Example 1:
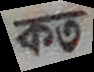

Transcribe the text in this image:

কত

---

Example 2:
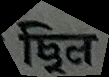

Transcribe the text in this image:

ছিল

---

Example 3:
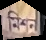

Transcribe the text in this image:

মিশন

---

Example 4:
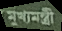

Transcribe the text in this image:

মুখ্যমন্ত্রী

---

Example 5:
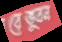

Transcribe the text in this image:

রে ভুবন